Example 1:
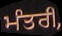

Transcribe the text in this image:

ਮੰਤਰੀ,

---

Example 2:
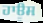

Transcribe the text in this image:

ਹਾਊਸ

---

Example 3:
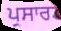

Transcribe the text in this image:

ਪ੍ਰਸਾਰ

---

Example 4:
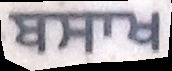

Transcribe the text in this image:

ਬਸਾਖ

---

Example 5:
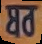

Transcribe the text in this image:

ਬਰ